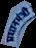
प्रधानमंत्री